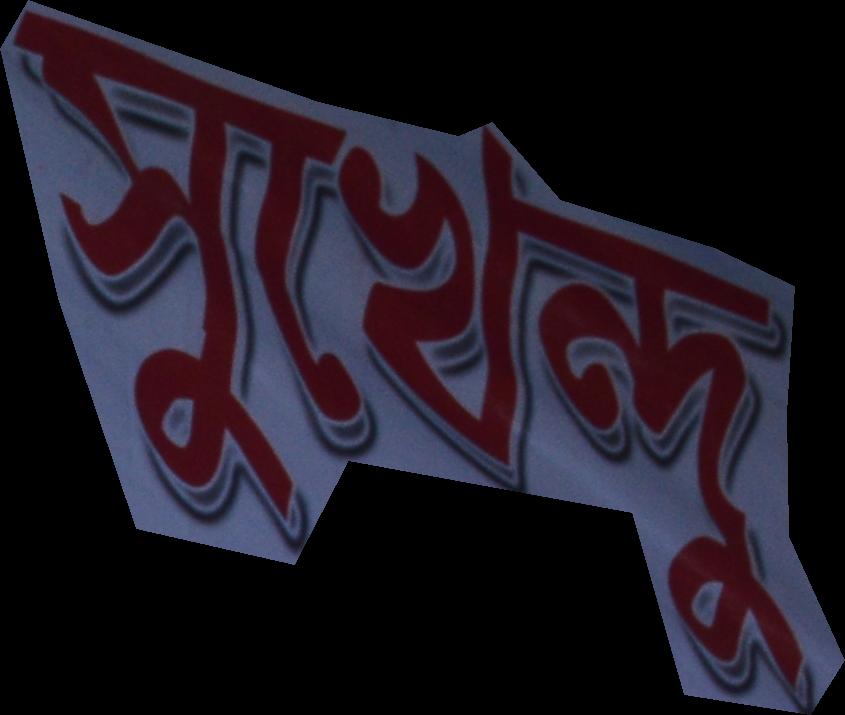
সুখেন্দু